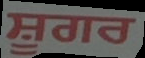
ਸ਼ੂਗਰ